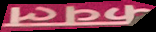
वल